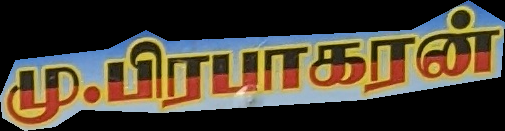
மு.பிரபாகரன்